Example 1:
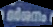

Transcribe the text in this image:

ദർ‌ശനം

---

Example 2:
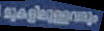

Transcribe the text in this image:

മുകളിലുള്ളവരും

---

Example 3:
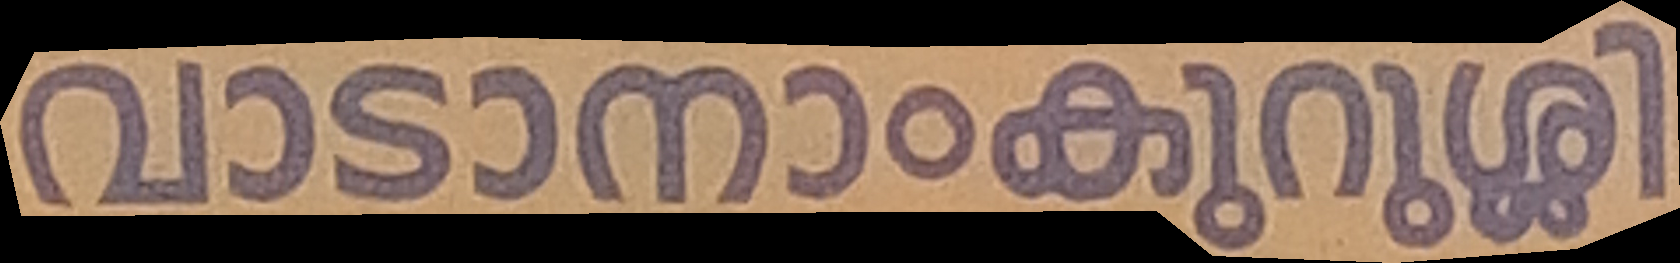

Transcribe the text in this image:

വാടാനാംകുറുശ്ശി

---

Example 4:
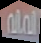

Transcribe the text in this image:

വിവി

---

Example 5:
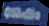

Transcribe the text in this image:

ശേഷം